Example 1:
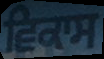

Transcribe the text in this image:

ਵਿਕਾਸ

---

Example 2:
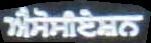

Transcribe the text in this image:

ਐਸੋਸੀਏਸ਼ਨ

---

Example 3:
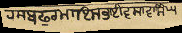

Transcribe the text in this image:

ਹਸਬਫੁਰਮਾਇਸਭਾਈਵਸਾਵਾਸਿੰਘ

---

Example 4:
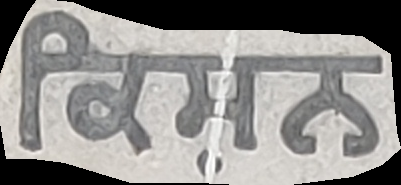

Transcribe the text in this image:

ਕਿਸ਼ਨ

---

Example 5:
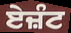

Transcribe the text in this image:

ਏਜ਼ੰਟ